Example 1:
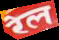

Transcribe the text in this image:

रेल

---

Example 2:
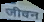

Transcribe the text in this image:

जीवन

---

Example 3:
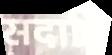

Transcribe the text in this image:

सद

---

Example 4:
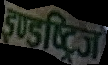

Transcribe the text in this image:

इण्डष्ट्रिज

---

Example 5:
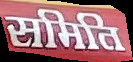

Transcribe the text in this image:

समिति